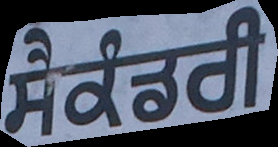
ਸੈਕੰਡਰੀ